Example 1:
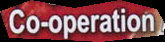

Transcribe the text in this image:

Co-operation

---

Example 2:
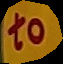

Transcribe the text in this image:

to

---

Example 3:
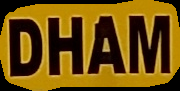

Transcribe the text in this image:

DHAM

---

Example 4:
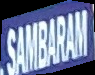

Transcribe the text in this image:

SAMBARAM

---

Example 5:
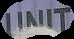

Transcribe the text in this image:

UNIT